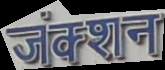
जंक्शन